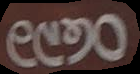
୧୯୬୦